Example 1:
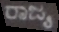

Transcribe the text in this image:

ರಾಜ್ಯ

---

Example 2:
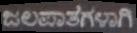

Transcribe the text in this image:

ಜಲಪಾತಗಳಾಗಿ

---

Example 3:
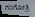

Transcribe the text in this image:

ಗಂಗೋತ್ರಿ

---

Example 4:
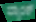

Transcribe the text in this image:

ಬ್ಯಾಂಕ್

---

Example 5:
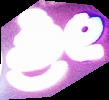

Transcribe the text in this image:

ಶ್ರೀ